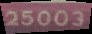
25003